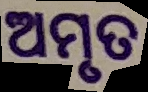
ଅମୃତ